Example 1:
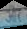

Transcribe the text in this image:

और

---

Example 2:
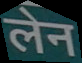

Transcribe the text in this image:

लेन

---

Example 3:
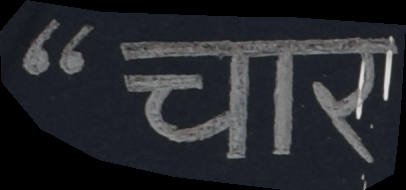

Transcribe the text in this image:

“चार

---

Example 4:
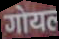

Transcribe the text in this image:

गोयल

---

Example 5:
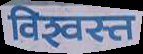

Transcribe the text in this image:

वि‍श्‍वस्त